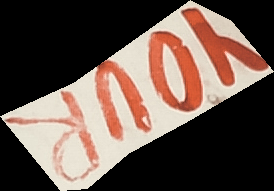
YOUR